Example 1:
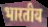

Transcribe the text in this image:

भारतीय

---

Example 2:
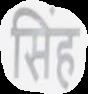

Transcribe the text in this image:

सिंह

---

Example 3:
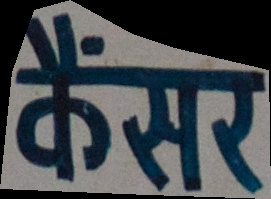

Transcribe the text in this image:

कैंसर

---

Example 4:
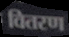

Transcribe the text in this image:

वितरण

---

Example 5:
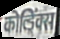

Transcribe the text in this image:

को​ल्ड्रिंक्स